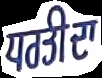
ਧਰਤੀ ਦਾ